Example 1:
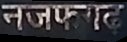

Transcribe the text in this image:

नजफगढ़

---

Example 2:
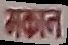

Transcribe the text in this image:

मकान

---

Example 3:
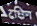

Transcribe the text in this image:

दक्षिण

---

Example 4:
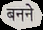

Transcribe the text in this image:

बनने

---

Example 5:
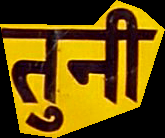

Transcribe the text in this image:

तुनी